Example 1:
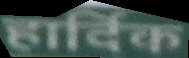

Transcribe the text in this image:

हार्दिक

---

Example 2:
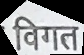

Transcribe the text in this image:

विगत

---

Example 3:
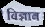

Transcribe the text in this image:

विज्ञान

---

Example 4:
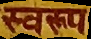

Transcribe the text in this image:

स्वरूप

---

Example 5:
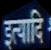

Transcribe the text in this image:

इत्यादि